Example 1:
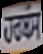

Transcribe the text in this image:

ਹਰਬੱਸ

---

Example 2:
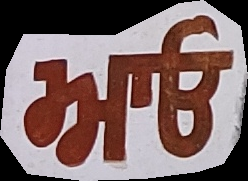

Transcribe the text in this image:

ਆਓ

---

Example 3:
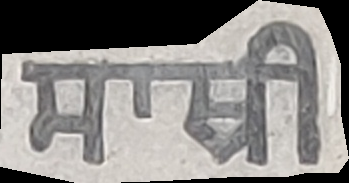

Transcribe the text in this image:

ਸਾਥੀ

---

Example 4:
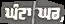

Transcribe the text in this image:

ਘੰਟਾਘਰ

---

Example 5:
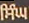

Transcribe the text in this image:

ਸਿੰਘ